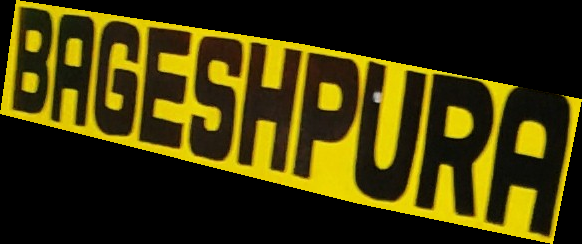
BAGESHPURA